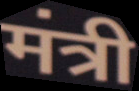
मंत्री